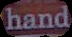
hand